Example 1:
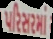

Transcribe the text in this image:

પરિસરમાં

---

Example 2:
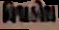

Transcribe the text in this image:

વિશ્વડોશ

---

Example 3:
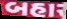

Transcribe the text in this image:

બહાર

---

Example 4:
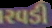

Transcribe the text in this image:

રવડી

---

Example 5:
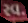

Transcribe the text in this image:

સ્વ.